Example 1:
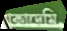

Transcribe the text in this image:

আকাদেমি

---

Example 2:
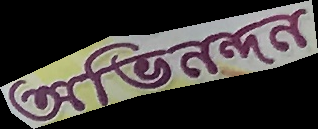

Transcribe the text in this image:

অভিনন্দন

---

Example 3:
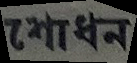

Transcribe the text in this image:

শোধন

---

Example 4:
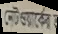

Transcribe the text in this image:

নেটওয়ার্কের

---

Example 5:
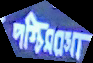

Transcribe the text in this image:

পশ্চিমবঙ্গ